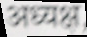
अध्यक्ष